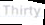
Thirty